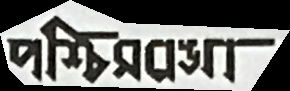
পশ্চিমএসা